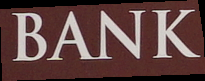
BANK